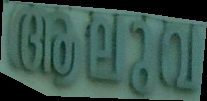
ആലുവ